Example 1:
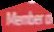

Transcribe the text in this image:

Member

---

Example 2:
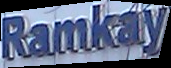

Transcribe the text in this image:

Ramkay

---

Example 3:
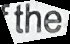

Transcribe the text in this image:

the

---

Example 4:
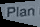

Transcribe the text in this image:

Plan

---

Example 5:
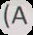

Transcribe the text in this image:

(A